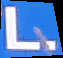
L.